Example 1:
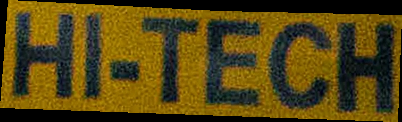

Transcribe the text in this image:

HI-TECH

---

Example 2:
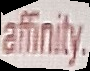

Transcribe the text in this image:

affinity.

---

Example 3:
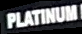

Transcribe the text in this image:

PLATINUM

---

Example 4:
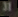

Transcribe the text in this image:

31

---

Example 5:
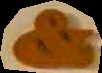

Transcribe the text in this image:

&